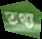
তথ্য